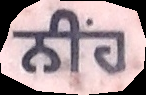
ਨੀਂਹ